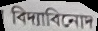
বিদ্যাবিনোদ